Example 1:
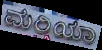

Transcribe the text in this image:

ಮರಿಯಾ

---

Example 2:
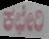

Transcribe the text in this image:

ಕಛೇರಿ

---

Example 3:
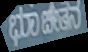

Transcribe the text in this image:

ಭೂಚೇತನ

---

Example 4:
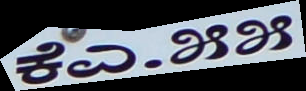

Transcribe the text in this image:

ಕೆಎ.೫೫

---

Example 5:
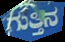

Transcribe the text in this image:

ಗುತ್ತನ